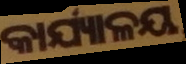
କାର୍ଯ୍ୟାଳୟ